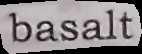
basalt